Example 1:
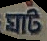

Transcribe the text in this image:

ঘাট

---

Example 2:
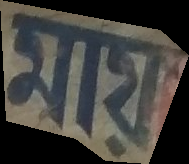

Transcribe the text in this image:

মায়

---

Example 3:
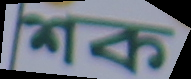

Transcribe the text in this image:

শক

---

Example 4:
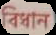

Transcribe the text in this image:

বিধান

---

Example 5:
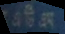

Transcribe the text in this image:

এ টি এম